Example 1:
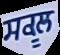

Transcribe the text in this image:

ਸਕੂਲ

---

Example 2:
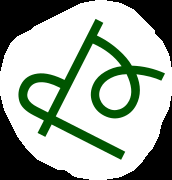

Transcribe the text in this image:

ਕਿ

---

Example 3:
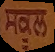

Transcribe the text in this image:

ਸਕੂਲ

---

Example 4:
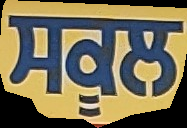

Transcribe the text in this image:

ਸਕੂਲ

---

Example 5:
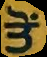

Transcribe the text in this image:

ਤੇਂ